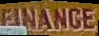
FINANCE